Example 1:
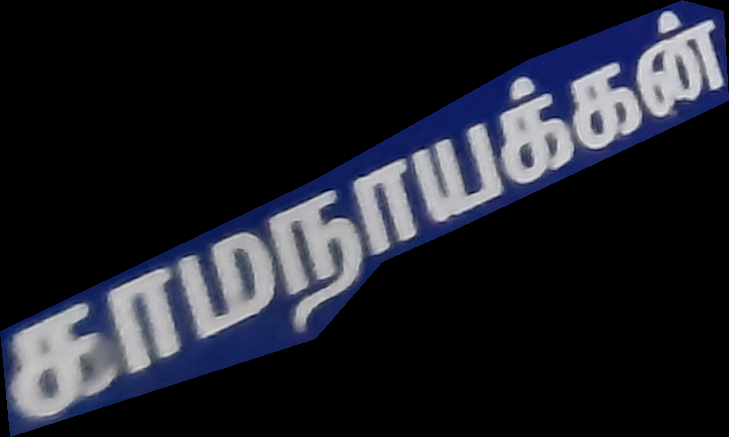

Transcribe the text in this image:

காமநாயக்கள்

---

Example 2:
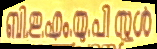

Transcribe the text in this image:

வி.ஐ.வி.யு.வி ல ன்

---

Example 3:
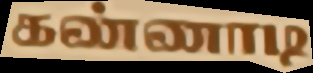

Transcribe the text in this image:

கண்ணாடி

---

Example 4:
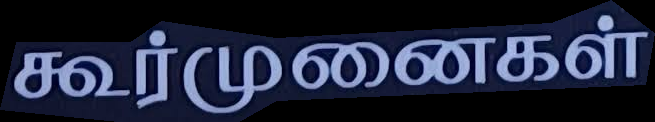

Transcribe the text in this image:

கூர்முனைகள்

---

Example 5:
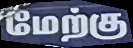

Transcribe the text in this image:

மேற்கு